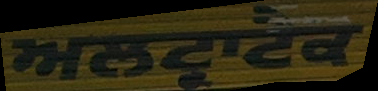
ਅਲਟ੍ਰਾਟੈਕ